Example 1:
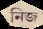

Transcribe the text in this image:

নিজ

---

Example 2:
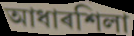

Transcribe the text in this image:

আধাৰশিলা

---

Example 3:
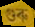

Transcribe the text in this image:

গুৰু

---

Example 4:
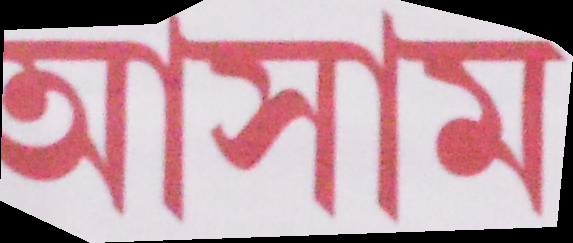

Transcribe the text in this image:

আসাম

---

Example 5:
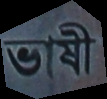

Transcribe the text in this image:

ভাষী